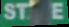
STE